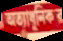
অত্যাধুনিক